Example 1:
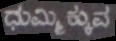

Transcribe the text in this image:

ಧುಮ್ಮಕ್ಕವ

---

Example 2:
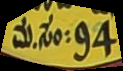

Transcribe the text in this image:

ಮ.ಸಂ:94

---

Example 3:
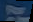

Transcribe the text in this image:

ಸ್ಪ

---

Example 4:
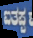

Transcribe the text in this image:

ಐತಪ್ಪ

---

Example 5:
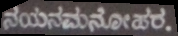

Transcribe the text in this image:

ನಯನಮನೋಹರ